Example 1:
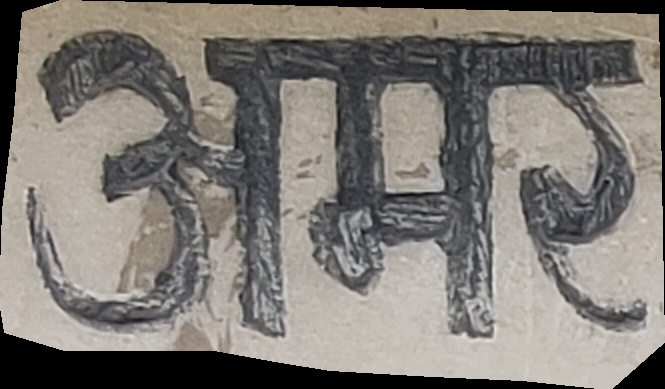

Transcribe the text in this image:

अमर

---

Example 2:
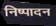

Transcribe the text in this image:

निष्पादन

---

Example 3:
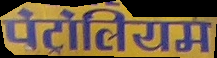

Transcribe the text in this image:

पेट्रोलियम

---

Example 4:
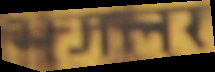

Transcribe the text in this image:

मंगलर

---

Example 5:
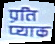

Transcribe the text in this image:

प्रति प्याक